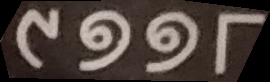
୯୭୭୮